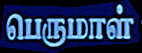
பெருமாள்